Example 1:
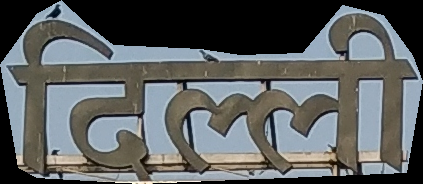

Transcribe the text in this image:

दिल्ली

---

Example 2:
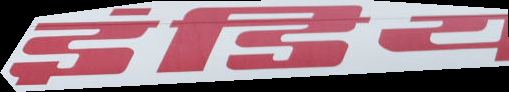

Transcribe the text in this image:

इंडिय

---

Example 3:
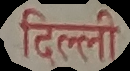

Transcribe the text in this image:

दिल्ली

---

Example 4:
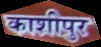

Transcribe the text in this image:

काशीपुर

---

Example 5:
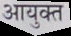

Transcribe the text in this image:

आयुक्त